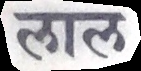
लाल